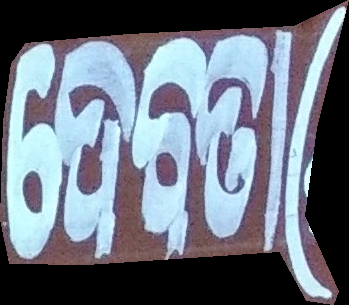
ଦେଚଣ(